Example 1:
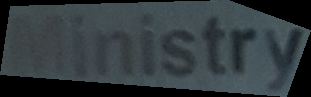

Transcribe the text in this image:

Ministry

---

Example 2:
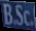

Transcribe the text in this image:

B.Sc.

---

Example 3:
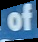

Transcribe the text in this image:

of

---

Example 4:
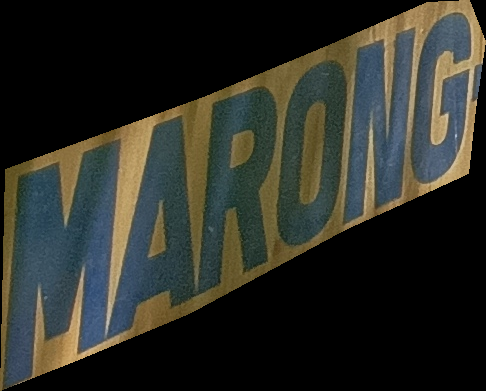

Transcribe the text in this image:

MARONG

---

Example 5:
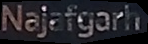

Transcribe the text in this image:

Najafgarh